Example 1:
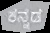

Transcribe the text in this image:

ಕನ್ನಡೆ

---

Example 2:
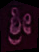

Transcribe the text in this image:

ಶ್ರೀ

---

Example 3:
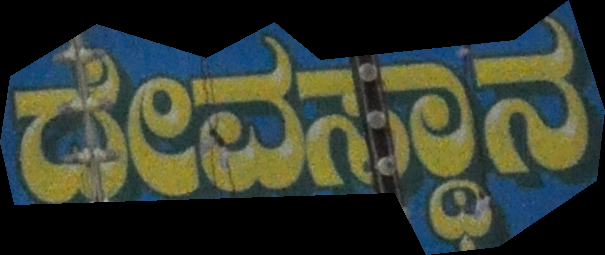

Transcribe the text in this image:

ದೇವಸ್ಥಾನ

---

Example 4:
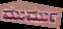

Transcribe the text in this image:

ಮುಮ೯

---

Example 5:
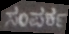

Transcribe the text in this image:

ಸಂಪರ್ಕ